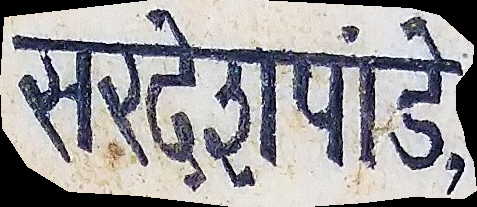
सरदेशपांडे,